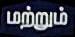
மற்றும்